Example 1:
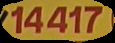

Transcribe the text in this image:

14417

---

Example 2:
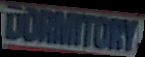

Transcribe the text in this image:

DORMITORY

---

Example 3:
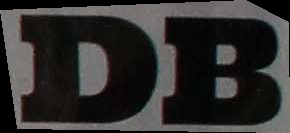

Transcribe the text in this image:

DB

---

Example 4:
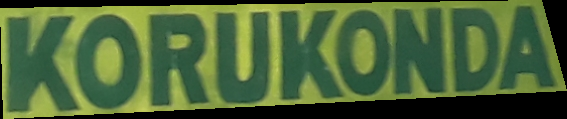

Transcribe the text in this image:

KORUKONDA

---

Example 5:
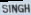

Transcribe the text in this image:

SINGH